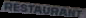
RESTAURANT